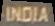
INDIA